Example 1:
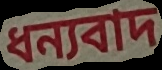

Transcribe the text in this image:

ধন্যবাদ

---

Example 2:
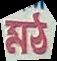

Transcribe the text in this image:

মঠ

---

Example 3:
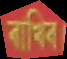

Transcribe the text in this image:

বাখিব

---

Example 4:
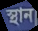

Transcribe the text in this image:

স্থান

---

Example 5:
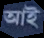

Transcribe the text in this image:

আই